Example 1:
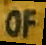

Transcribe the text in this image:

OF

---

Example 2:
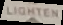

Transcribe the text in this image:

LIGHTEN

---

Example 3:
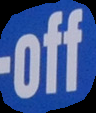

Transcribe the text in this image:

-off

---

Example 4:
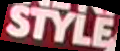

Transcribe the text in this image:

STYLE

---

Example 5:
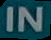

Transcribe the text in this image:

IN